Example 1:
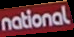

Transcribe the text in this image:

national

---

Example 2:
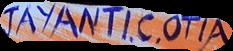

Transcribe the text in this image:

JAYANTIC.OTIA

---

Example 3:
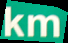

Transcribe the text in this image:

km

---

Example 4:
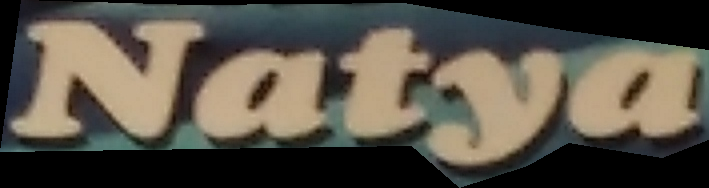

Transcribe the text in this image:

Natya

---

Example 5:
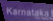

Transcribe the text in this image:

Karnataka